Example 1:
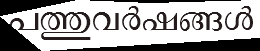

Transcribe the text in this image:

പത്തുവർഷങ്ങൾ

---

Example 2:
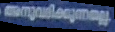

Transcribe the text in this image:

അനുവദിക്കുന്നതല്ല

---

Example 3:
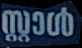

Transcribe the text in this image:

സ്റ്റാൾ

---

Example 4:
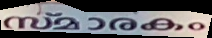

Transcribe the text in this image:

സ്മാരകം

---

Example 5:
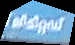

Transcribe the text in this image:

ലിമിറ്റഡ്